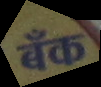
बँक